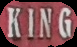
KING